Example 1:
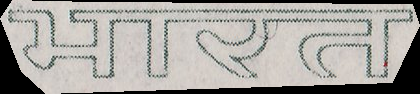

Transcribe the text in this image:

भारत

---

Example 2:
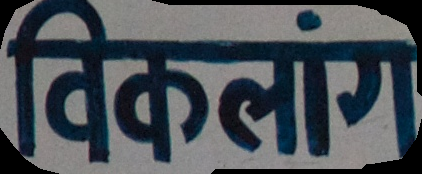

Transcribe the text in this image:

विकलांग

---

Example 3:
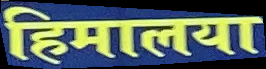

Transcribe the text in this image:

हिमालया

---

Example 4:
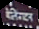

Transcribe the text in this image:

वेलिंगटन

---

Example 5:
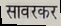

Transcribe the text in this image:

सावरकर